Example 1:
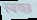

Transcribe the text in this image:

स्वच्छ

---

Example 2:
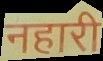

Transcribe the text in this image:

नहारी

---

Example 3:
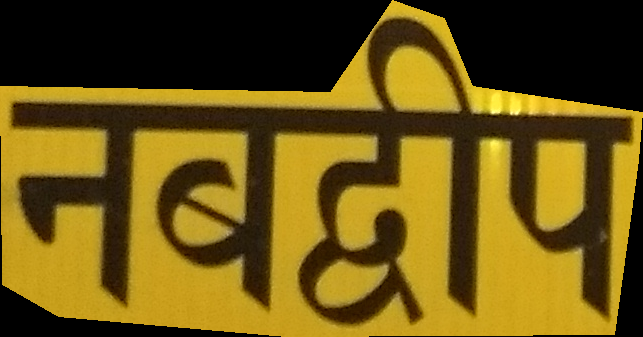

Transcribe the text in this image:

नबद्वीप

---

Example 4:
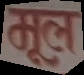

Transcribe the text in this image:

मूल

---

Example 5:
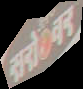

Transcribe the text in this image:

सरोवर